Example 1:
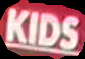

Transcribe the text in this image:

KIDS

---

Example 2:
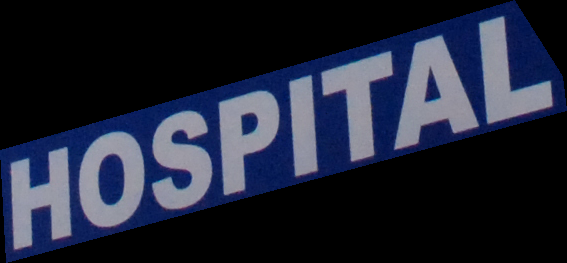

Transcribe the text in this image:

HOSPITAL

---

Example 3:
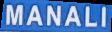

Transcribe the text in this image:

MANALI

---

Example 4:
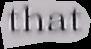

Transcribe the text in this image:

that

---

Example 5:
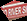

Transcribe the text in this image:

RIVERS